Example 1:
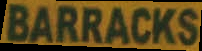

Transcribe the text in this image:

BARRACKS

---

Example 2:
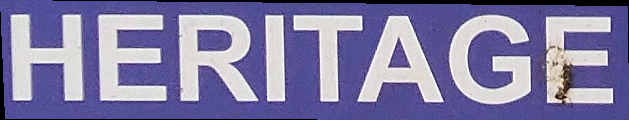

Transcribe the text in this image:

HERITAGE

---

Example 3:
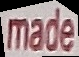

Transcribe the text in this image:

made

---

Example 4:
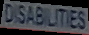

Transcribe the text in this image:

DISABILITIES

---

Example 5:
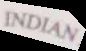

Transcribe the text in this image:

INDIAN